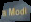
Modi